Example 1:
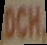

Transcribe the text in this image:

DCH,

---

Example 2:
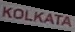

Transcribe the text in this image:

KOLKATA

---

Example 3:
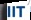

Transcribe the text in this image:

IIT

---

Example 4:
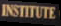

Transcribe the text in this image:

INSTITUTE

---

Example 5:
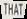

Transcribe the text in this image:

THAT